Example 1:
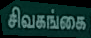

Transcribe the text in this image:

சிவகங்கை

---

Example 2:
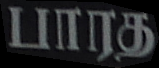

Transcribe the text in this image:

பாரத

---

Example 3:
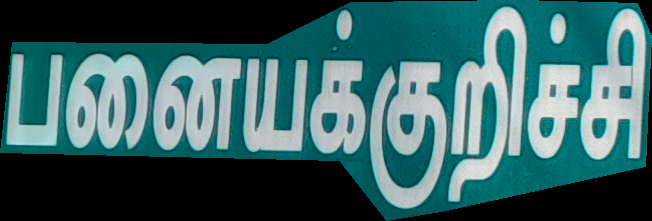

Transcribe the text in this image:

பனையக்குறிச்சி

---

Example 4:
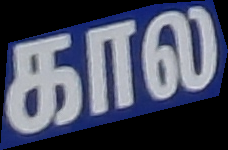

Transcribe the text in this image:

கால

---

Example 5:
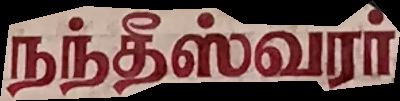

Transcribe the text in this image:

நந்தீஸ்வரா்